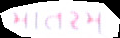
માતરમ્